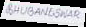
BHUBANESWAR